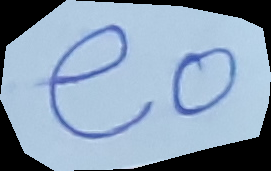
eo